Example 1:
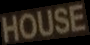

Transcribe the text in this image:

HOUSE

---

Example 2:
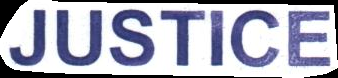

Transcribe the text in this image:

JUSTICE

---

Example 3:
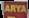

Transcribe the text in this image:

ARYA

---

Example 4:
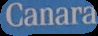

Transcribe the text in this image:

Canara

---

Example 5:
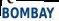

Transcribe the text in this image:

BOMBAY